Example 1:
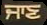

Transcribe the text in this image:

ਜਾਣ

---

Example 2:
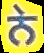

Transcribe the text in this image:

ਨੇ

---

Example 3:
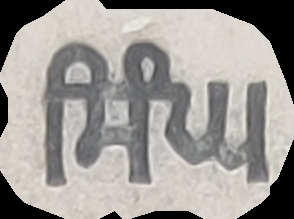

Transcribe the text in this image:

ਸਿੰਘ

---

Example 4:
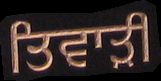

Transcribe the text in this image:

ਤਿਵਾੜੀ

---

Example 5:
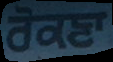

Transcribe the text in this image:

ਰੋਕਣਾ